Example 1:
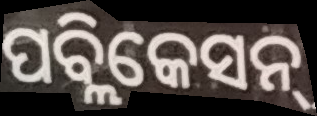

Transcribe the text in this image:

ପବ୍ଲିକେସନ୍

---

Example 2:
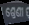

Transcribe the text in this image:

ଶ୍ରେଣୀ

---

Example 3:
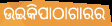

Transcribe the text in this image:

ଉଇକିପାଠାଗାରର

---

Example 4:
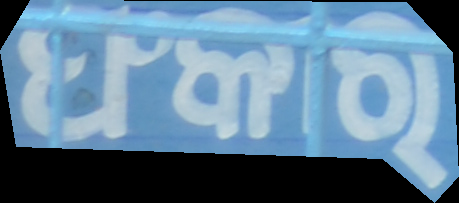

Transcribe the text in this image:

ଫକର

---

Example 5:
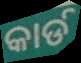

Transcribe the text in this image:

କାର୍ଡ